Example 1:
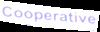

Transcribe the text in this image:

Cooperative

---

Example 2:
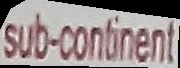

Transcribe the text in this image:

sub-continent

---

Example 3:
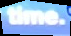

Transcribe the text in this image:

time.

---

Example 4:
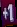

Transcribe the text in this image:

+1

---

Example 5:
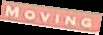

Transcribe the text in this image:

MOVING